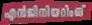
എൻ‌‌ജിനിയറിംങ്